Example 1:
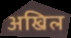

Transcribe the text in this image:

अखिल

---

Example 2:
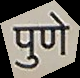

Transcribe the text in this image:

पुणे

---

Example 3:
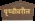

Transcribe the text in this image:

पृथ्वीवरील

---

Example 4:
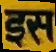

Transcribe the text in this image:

इस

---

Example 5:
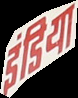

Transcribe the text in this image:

इंडिया